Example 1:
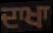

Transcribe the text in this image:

ਦਾਖਾ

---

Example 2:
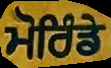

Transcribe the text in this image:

ਮੋਰਿੰਡੇ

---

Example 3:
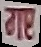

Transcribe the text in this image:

ਗੲ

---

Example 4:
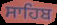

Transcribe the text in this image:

ਸਾਹਿਬ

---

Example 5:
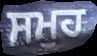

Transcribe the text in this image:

ਸਮੁਹ